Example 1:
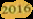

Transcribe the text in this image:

2016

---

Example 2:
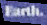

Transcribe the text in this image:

Earth.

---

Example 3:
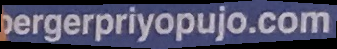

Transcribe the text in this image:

ergerpriyopujo.com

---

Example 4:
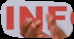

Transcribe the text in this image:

INF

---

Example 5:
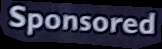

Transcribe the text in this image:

Sponsored